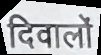
दिवालों